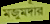
মজুমদার